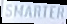
SMARTER